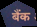
बैंक